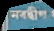
নবদ্বীপ